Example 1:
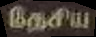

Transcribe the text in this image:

தேசிய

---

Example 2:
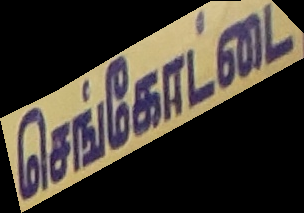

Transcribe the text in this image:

செங்கோட்டை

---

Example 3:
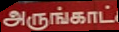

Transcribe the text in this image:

அருங்காட்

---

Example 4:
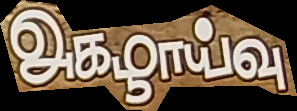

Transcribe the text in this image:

அகழாய்வு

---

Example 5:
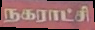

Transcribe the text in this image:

நகராட்சி